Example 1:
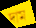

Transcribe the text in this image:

দাম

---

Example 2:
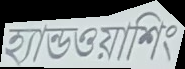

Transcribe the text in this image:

হ্যান্ডওয়াশিং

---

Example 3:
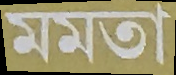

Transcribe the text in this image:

মমতা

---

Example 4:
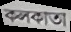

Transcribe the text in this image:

কলকাতা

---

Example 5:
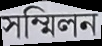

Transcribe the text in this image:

সম্মিলন